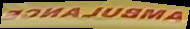
AMBULANCE